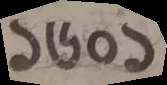
১৬০১